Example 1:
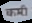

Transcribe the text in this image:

कमी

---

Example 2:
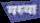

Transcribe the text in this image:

गस्या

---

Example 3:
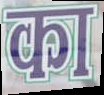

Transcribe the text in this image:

का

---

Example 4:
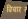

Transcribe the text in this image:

विचार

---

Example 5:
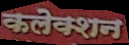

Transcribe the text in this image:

कलेक्शन